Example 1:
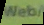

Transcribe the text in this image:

Web/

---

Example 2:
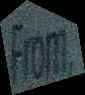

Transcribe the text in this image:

From,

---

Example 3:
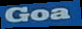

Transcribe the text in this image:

Goa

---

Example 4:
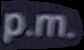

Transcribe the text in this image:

p.m.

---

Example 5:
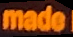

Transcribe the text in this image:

made